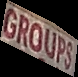
GROUPS